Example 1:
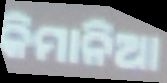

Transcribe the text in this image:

କିମାନିଆ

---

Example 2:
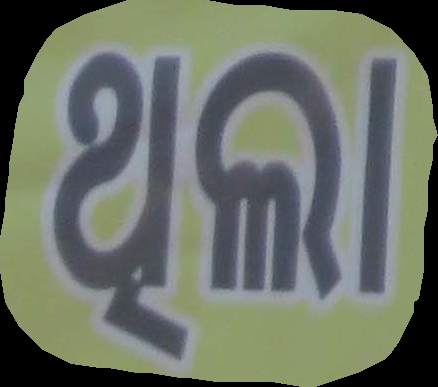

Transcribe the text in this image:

ଥୁଲା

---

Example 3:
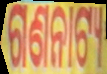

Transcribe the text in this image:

ଗଣନାଟ୍ଯ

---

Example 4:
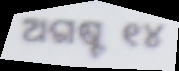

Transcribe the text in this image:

ଅଗଷ୍ଟ ୧୪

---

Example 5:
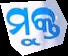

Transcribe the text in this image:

ମୁକ୍ତ